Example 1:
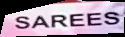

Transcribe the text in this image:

SAREES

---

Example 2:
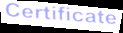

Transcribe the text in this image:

Certificate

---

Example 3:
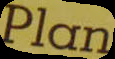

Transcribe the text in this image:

Plan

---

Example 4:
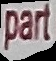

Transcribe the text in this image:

part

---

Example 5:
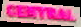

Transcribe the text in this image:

CENTRAL